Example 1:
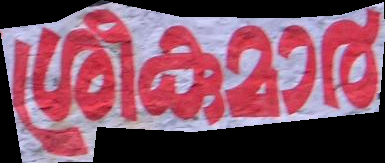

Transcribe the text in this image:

ശ്രീകുമാർ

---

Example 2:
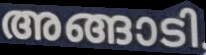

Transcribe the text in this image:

അങ്ങാടി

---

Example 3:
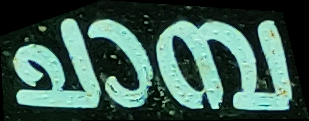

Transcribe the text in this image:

ചാമ്പ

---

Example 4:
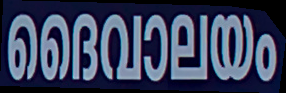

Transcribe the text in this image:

ദൈവാലയം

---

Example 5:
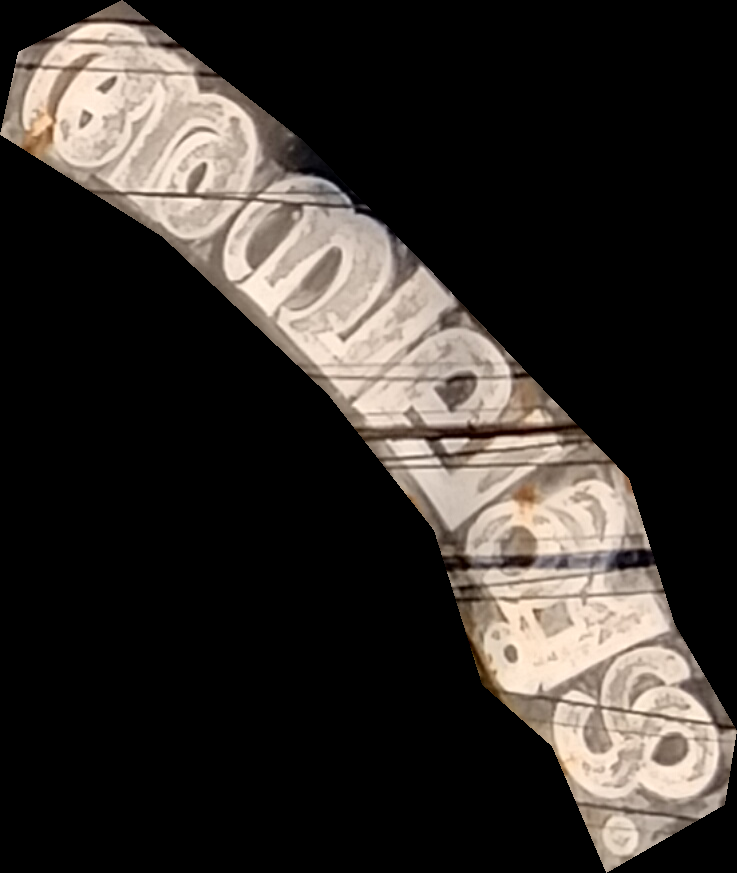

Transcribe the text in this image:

അമ്പലപ്പുഴ